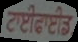
ਟਾਈਫਾਈਡ